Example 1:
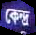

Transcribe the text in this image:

কেন্দ্ৰ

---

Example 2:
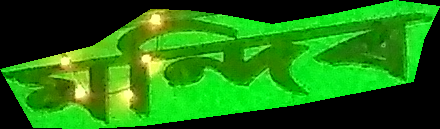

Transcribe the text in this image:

মন্দিৰ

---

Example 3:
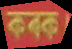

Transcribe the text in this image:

কৰক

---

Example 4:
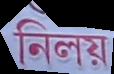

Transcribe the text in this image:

নিলয়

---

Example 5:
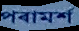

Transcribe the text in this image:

পৰামর্শ